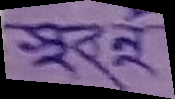
সুবর্ণ